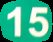
15